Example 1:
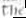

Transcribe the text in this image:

the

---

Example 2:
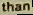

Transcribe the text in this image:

than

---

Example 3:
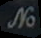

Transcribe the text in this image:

No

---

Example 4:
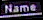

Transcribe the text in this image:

Name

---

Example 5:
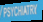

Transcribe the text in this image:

PSYCHIATRY